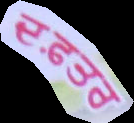
ਦਫ਼ਤਰ